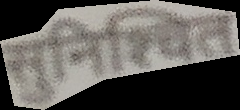
सुनिश्चित